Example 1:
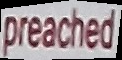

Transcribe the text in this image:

preached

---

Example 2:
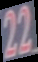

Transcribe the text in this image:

22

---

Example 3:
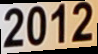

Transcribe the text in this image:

2012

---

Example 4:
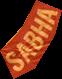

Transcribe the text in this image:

SABHA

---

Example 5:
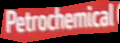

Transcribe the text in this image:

Petrochemical